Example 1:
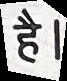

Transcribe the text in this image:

है।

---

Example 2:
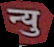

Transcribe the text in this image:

न्यु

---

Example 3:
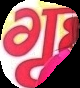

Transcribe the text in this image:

गृ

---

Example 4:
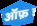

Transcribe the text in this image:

ऑफ़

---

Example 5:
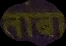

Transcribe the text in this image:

तांबा